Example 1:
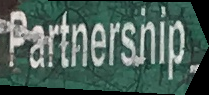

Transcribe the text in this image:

Partnership_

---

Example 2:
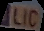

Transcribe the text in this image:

LIC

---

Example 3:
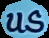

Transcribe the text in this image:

us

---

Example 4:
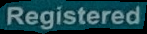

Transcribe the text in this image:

Registered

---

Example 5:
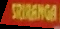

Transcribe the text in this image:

SRIRANGA